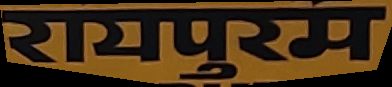
रायपुरम